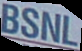
BSNL